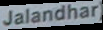
Jalandhar